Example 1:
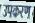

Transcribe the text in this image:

उपकरण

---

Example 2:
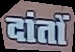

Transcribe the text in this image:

दांतों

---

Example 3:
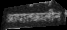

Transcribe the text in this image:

आपातकालीन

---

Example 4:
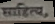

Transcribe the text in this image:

साहित्य,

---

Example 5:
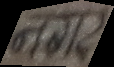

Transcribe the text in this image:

नगर